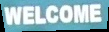
WELCOME